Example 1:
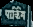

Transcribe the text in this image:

पार्किंग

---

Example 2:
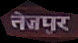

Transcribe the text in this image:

तेजपुर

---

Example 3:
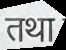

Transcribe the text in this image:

तथा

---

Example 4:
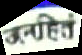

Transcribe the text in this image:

जनहितं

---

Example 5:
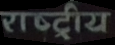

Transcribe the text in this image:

राष्ट्रीय